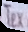
Tex